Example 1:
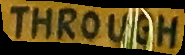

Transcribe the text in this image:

THROUGH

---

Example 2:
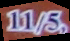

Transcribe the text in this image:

11/5,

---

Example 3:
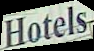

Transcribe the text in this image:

Hotels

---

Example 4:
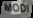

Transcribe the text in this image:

MODI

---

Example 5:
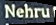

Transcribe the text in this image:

Nehru